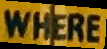
WHERE